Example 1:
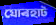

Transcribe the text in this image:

যোৰহাট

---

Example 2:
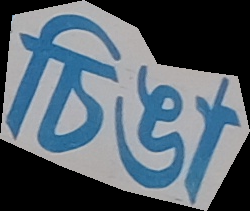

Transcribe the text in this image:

চিঙা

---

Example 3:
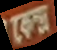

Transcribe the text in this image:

কেন্দ্ৰ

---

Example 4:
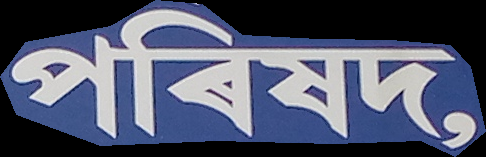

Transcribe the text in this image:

পৰিষদ,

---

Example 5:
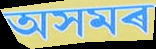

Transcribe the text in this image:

অসমৰ